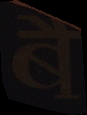
बै